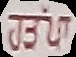
ਹੜਂਪਾ